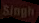
Singh